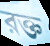
রক্ত